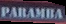
PARAMBA